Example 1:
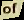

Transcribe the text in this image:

of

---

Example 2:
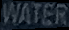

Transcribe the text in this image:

WATER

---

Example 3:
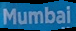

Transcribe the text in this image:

Mumbai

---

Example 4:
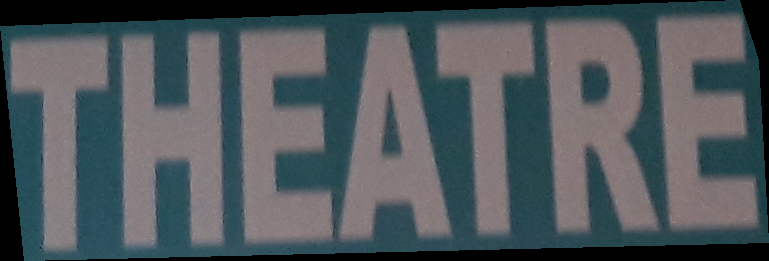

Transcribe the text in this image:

THEATRE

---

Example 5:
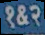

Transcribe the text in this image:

१&२